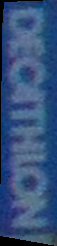
DECATHLON